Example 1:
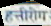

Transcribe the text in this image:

हत्तीरोग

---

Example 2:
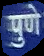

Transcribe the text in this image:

पुणे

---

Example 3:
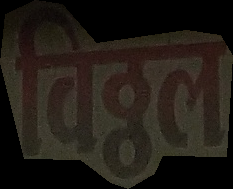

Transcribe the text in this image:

विठ्ठल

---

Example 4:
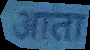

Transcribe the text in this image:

आता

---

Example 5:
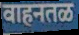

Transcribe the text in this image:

वाहनतळ